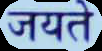
जयते